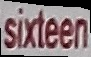
sixteen